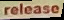
release